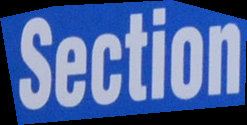
Section